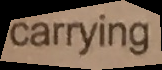
carrying